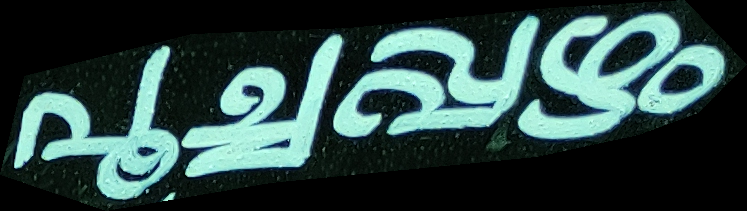
പൂച്ചവഴം